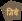
जिये